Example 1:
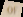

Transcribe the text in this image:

OF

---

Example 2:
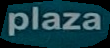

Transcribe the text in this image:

plaza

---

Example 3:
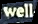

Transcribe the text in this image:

well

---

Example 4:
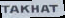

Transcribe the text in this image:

TAKHAT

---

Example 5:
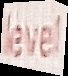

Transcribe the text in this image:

level